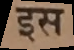
इस